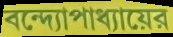
বন্দ্যোপাধ্যায়ের